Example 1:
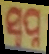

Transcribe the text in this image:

ସପ୍ନ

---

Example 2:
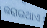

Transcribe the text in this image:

ଇୟାଇଥାଏ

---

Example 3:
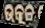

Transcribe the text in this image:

ଉତ୍କଳ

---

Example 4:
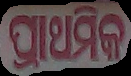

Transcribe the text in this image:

ପ୍ରାଥମିକ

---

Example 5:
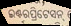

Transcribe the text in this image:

ଇଣ୍ଟରପ୍ରିଟେସନ୍